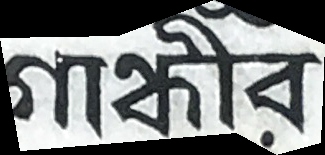
গান্ধীর